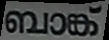
ബാങ്ക്